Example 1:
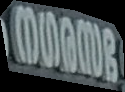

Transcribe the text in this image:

നഗരസഭ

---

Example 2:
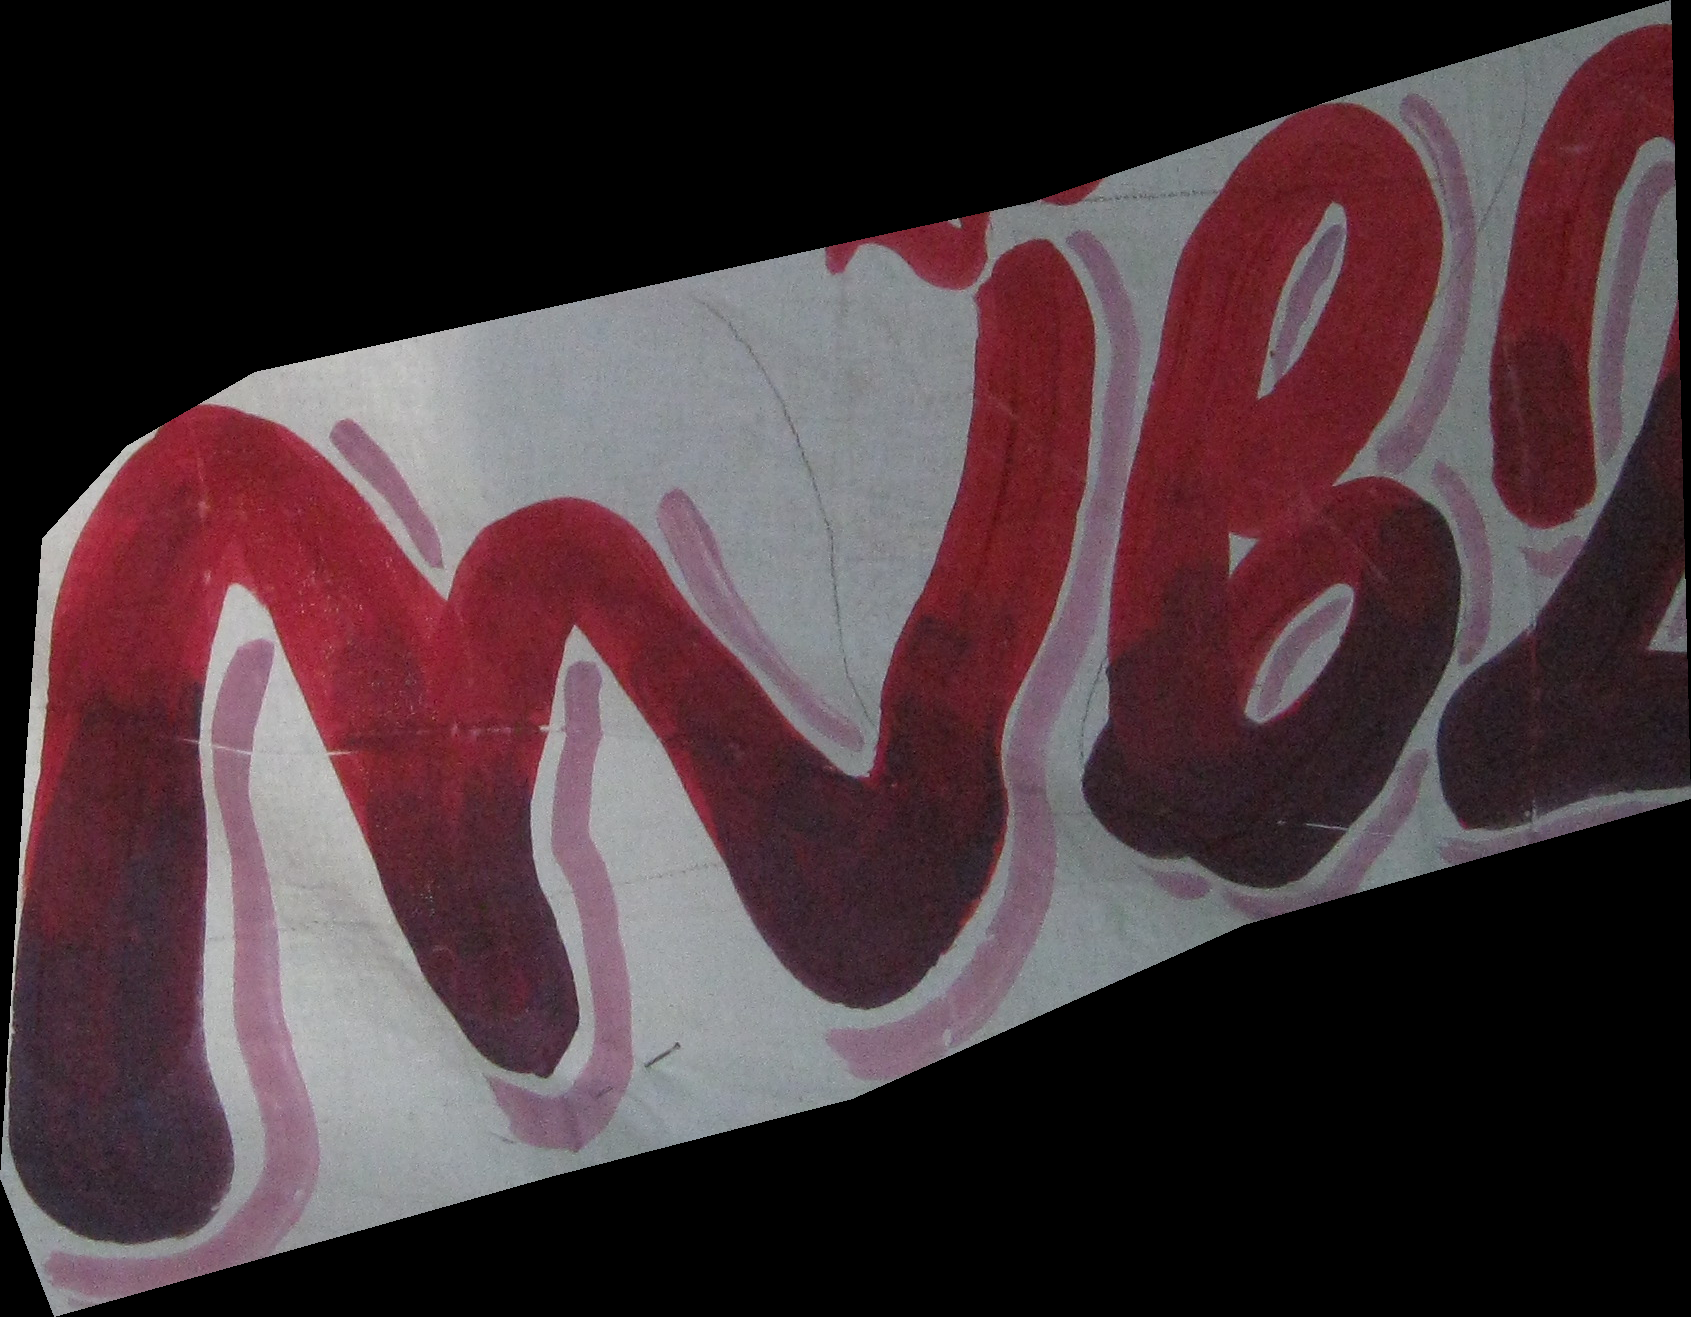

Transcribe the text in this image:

സമേ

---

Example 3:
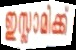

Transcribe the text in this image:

ഇസ്ലാമിക്ക്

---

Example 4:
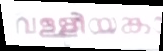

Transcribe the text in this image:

വള്ളീയങ്ക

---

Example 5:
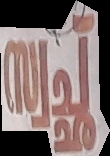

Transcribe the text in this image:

സ്വച്ഛ്